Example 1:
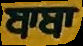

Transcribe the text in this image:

ਬਾਬਾ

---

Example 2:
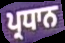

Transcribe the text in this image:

ਪ੍ਰਧਾਨ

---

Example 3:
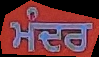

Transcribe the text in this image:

ਮੰਦਰ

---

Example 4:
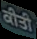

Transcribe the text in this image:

ਕੀਤੀ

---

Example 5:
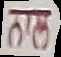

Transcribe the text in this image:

ਨਾਲ